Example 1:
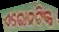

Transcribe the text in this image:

ଏରୋନଟିକ୍ସ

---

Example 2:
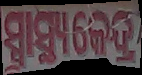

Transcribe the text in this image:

ସ୍ବାସ୍ଥ୍ୟକେତୁ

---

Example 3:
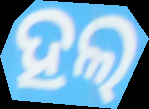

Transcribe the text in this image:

ହଲ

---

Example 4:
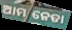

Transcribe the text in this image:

ଆମ କେତା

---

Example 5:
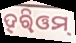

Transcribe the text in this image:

ଦରି ଓମ୍